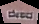
ದೇಶದ